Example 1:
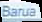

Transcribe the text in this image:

Barua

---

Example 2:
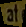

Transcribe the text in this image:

at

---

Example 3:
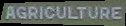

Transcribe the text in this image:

AGRICULTURE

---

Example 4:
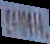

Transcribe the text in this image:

2418414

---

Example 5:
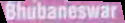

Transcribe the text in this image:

Bhubaneswar